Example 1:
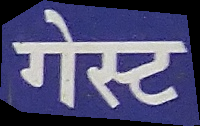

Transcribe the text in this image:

गेस्ट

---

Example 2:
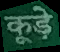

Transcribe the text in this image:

कूड़े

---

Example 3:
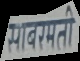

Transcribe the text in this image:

साबरमती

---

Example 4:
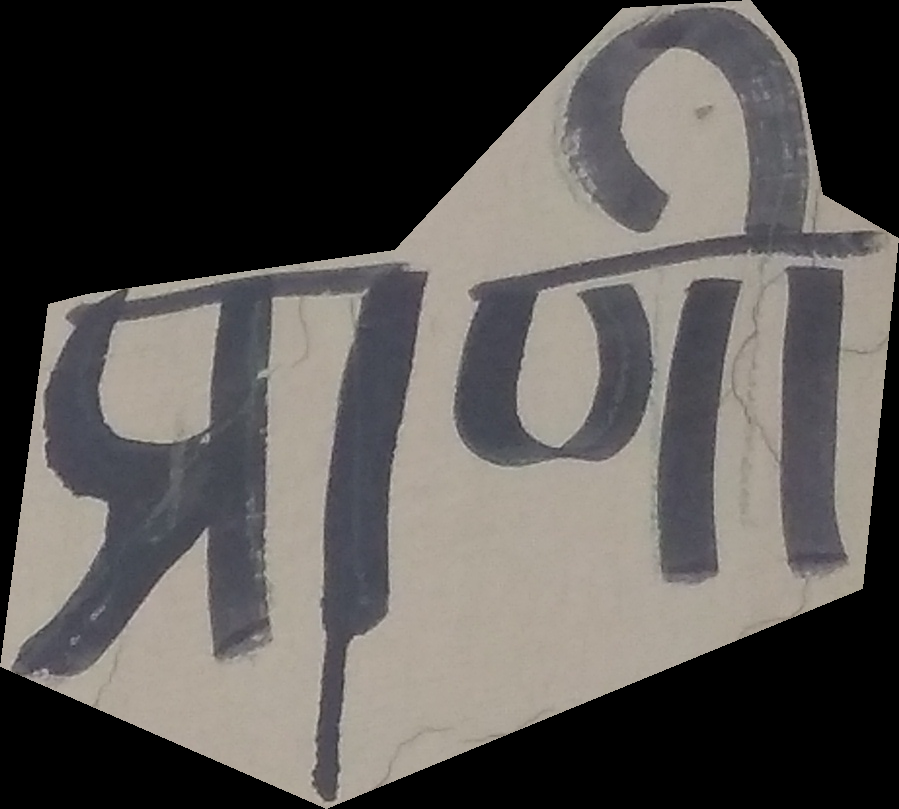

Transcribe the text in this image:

प्राणी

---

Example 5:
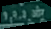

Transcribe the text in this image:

१,२,३ और